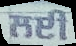
ਲਈ